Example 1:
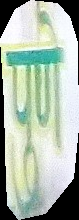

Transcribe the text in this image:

पुणे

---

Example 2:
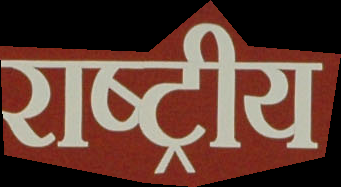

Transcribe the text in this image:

राष्ट्रीय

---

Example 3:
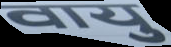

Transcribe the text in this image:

वायु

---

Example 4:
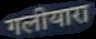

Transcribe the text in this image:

गलीयारा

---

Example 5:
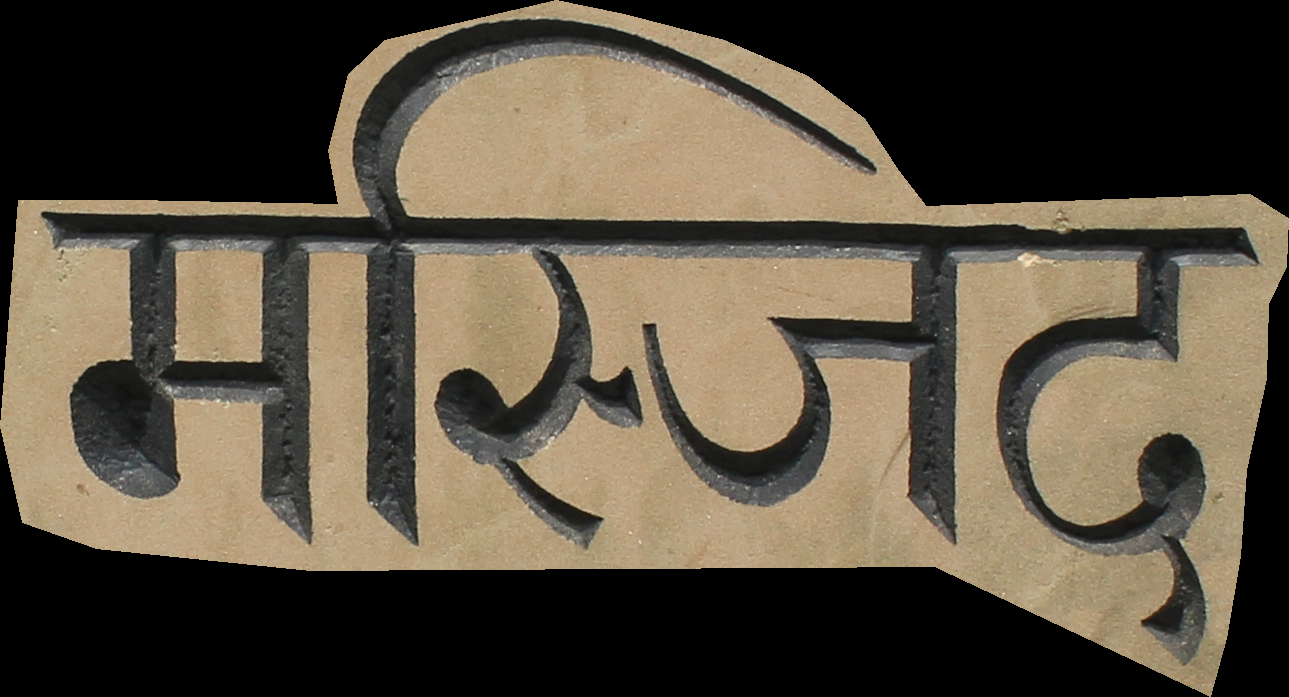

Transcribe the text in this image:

मस्जिद